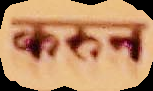
करुन